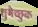
शुभेच्छुक